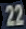
22